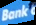
Bank